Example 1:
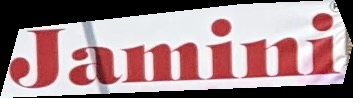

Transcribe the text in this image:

Jamini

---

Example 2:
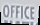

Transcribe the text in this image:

OFFICE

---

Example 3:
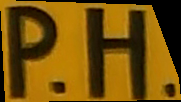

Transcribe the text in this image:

P.H.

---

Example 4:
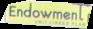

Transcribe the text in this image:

Endowment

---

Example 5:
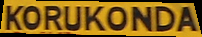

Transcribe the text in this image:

KORUKONDA